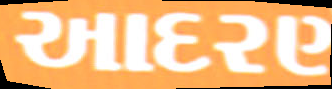
આદરણ